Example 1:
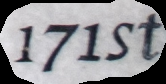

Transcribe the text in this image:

171st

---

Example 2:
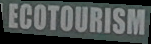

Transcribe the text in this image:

ECOTOURISM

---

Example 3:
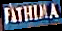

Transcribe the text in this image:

FATHINA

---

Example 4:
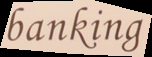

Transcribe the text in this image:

banking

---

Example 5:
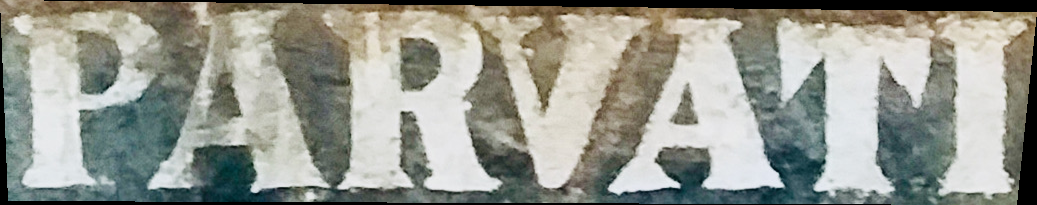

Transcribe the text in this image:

PARVATI